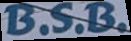
B.S.B.